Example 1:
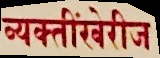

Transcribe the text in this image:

व्यक्तींखेरीज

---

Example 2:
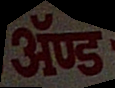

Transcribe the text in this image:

ॲण्ड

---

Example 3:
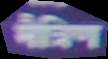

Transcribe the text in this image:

मैत्रिण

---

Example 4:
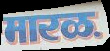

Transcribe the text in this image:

मारळ.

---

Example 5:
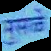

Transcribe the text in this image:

मुसळे